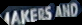
MAKERS AND